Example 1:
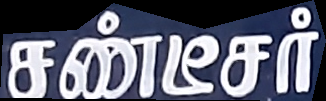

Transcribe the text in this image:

சண்டீசா்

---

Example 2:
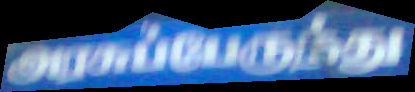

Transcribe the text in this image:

அரசுப்பேருந்து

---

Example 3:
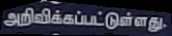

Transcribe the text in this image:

அறிவிக்கப்பட்டுள்ளது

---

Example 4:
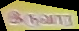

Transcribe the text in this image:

இருவார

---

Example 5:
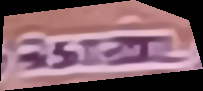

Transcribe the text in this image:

கொண்ட